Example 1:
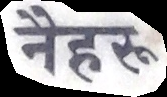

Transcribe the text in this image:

नैहरू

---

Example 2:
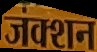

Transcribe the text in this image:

जंक्शन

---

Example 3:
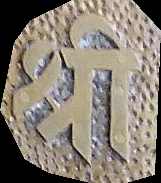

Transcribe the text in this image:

श्री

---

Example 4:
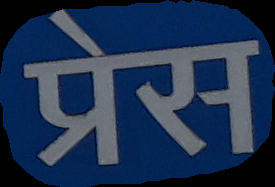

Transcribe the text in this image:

प्रेस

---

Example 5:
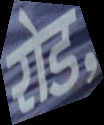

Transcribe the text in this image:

रोड,